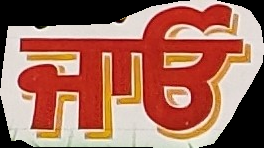
ਜਾਓ